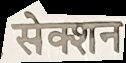
सेक्शन